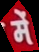
में